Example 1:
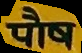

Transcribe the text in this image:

पौष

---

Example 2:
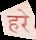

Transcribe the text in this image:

हरे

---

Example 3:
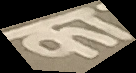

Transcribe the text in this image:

का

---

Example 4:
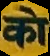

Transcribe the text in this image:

केा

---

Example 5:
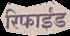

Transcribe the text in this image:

रिफाईड